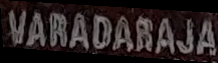
VARADARAJA